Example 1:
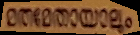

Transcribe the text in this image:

മതമേതായാലും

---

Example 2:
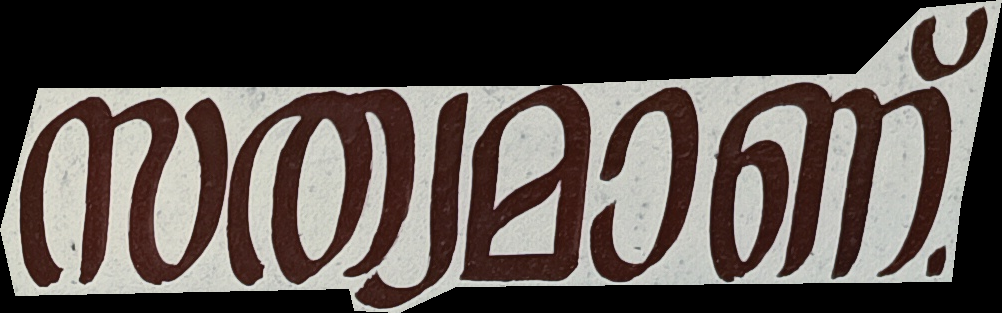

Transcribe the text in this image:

സത്യമാണ്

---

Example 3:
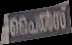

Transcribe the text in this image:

പൈൽസ്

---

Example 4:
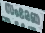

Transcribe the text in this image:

സംഭരണ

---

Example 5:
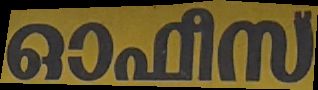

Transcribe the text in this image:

ഓഫീസ്